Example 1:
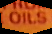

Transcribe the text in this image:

OILS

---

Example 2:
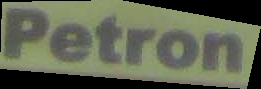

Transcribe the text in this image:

Petron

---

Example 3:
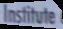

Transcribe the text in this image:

Institute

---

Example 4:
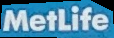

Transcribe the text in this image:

MetLife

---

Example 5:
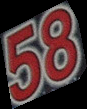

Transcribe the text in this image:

58